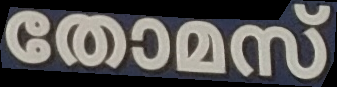
തോമസ്